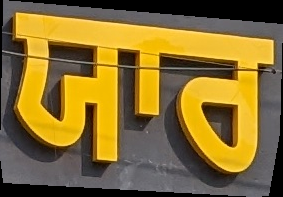
ਯਾਰ